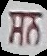
ਸਨ